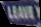
LEAVE